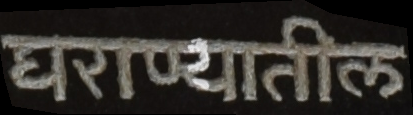
घराण्यातील